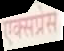
एक्सप्रेस